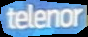
telenor